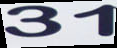
31